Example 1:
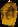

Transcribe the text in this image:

ही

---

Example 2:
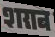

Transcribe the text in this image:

शराब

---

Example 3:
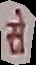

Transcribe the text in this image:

से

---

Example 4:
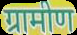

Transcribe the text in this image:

ग्रामीण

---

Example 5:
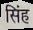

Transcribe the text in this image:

सिंह